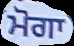
ਮੋਗਾ